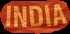
INDIA